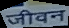
जीवन